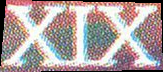
XIX